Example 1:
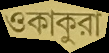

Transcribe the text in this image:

ওকাকুরা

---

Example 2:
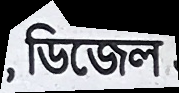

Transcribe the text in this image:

ডিজেল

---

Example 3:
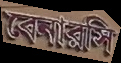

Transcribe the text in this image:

বেনারসি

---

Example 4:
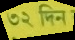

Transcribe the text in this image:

৩২দিন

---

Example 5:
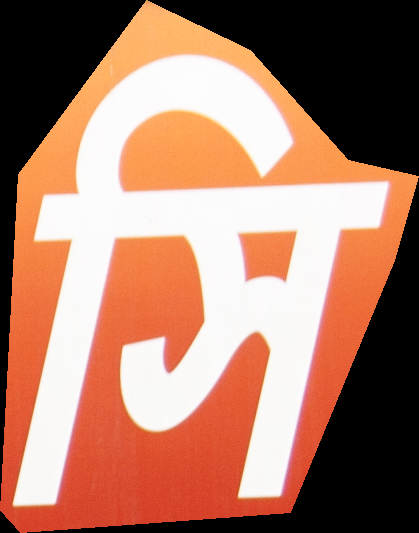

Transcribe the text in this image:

সি